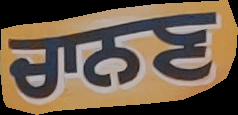
ਚਾਨਣ